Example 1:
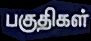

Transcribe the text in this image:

பகுதிகள்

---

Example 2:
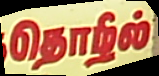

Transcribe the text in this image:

தொழில்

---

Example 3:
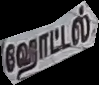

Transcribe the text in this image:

ஹோட்டல்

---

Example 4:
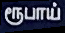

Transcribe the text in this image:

ரூபாய்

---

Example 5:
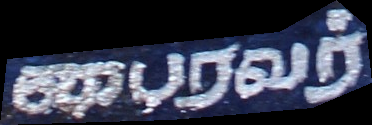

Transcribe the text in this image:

பைரவர்